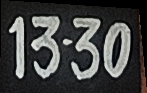
13-30